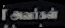
அவர்கள்